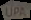
UPA